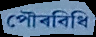
পৌৰবিধি